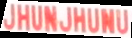
JHUNJHUNU